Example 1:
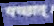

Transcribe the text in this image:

पच्छात्‌।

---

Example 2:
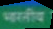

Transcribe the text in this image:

भारतीय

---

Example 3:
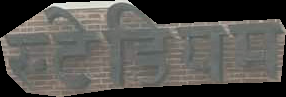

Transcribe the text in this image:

स्टेडियम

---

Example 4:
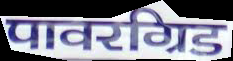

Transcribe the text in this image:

पावरग्रिड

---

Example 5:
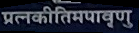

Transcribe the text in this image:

प्रत्नकीतिमपावृणु